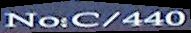
No:C/440